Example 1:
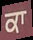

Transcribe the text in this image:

ਕਾ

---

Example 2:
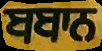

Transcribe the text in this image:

ਬਬਾਨ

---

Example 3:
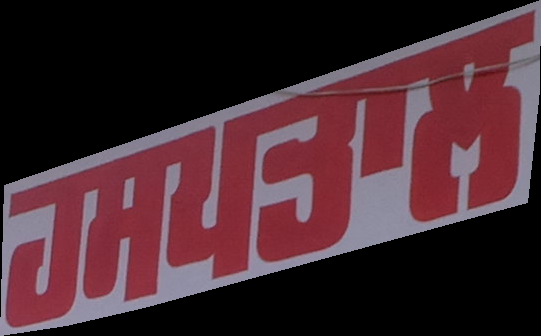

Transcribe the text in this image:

ਹਸਪਡਾਲ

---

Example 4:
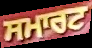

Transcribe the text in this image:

ਸਮਾਰਟ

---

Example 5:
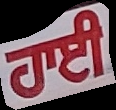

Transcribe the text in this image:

ਹਾਈ